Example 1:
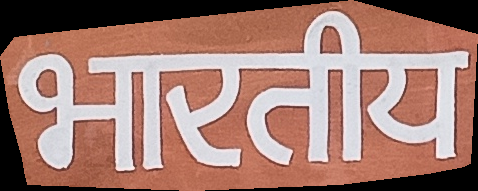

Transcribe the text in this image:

भारतीय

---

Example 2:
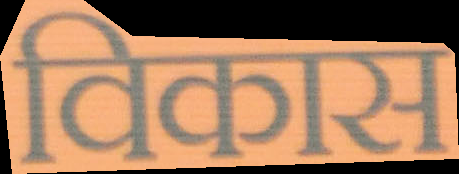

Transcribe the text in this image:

विकास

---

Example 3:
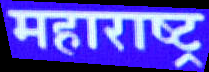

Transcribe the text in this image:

महाराष्‍ट्र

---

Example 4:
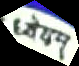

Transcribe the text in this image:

ध्वेयम्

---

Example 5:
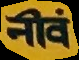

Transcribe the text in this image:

नीवं